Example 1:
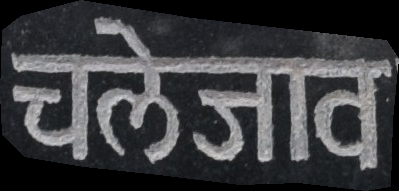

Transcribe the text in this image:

चलेजाव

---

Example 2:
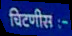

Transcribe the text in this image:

चिटणीस:-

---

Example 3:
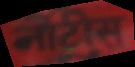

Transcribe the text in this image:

नोटीस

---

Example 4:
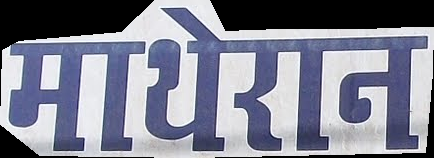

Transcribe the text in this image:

माथेरान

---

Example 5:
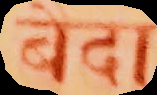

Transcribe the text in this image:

बेदा